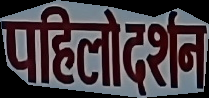
पहिलोदर्शन